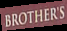
BROTHER